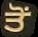
ਤੋਂ